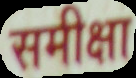
समीक्षा